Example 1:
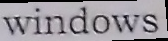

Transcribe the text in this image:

windows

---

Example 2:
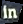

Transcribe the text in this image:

in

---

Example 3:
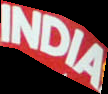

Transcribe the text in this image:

INDIA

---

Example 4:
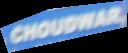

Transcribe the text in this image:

CHOUDWAR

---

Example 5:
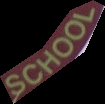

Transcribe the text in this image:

SCHOOL